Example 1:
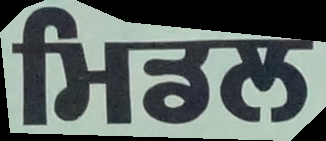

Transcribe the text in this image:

ਮਿਡਲ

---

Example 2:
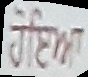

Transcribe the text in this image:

ਹੋਇਆ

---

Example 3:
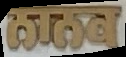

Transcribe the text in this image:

ਨਾਨਕ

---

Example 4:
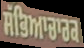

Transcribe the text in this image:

ਸੱਭਿਆਚਾਰਕ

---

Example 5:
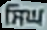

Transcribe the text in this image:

ਸਿਘ